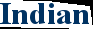
Indian